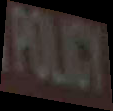
POLICY